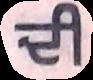
ਦੀ